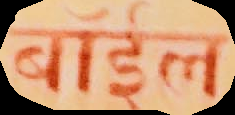
बॉईल